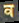
व